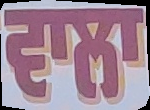
ਵਾਲਾ